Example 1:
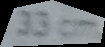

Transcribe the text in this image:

33cm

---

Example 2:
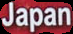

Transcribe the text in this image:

Japan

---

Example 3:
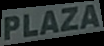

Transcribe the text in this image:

PLAZA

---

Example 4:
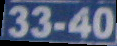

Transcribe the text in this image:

33-40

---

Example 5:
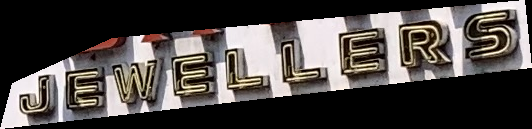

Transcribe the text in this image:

JEWELLERS